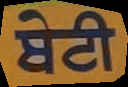
घेटी